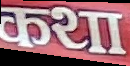
कथा